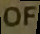
OF